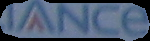
IANCE